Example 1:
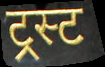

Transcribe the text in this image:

ट्रस्ट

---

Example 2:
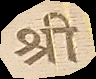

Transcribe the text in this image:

श्री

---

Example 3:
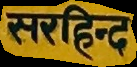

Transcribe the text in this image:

सरहिन्द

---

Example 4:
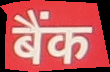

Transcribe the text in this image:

बैंक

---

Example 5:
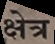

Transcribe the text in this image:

क्षेत्र